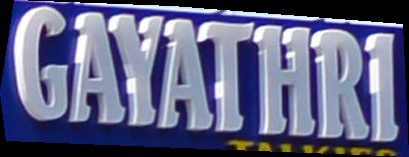
GAYATHRI